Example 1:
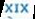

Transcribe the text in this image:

XIX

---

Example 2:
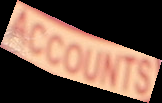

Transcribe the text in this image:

ACCOUNTS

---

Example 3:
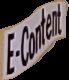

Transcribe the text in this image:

E-Content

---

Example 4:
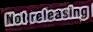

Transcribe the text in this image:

Not releasing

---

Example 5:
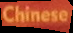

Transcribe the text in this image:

Chinese